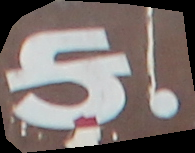
ક.